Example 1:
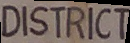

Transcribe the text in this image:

DISTRICT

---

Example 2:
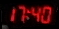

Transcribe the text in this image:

17:40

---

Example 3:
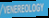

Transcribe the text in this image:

VENEREOLOGY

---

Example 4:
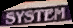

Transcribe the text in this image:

SYSTEM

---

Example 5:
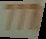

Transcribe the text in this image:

777